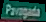
Pavagada